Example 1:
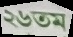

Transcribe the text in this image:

২৬তম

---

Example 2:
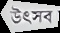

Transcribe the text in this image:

উৎসব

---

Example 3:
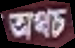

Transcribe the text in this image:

অথচ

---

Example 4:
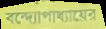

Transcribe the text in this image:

বন্দ্যোপাধ্যায়ের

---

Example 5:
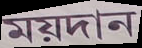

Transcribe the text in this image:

ময়দান